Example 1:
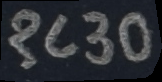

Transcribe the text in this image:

१८30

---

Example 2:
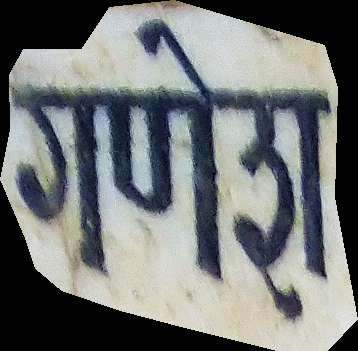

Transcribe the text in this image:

गणेश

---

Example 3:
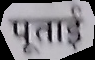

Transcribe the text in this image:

पूताई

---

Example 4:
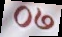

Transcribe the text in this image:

०७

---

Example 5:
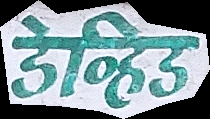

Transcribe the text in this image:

डेव्हिड